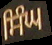
ਸਿੰਘ